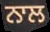
ਨਾਲ